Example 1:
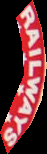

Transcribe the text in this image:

RAILWAYS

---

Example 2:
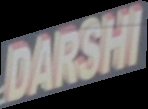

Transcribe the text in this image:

DARSHI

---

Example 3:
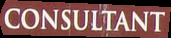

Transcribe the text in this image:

CONSULTANT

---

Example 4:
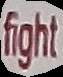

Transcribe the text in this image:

fight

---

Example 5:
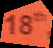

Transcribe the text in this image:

18th